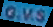
G.V.S